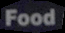
Food